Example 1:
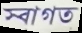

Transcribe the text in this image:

স্বাগত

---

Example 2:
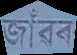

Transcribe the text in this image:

জাঁৱৰ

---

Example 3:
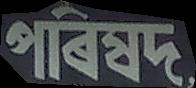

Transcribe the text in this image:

পৰিষদ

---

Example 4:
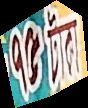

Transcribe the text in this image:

৭৫টাম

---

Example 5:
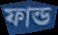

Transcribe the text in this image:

ফান্ড